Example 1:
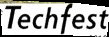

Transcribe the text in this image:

Techfest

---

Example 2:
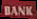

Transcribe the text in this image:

BANK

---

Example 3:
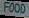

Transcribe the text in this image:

FOOD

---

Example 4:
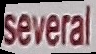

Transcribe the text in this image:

several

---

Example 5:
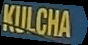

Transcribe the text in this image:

KULCHA